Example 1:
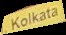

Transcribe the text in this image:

Kolkata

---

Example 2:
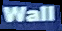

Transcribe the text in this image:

Wall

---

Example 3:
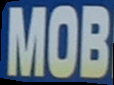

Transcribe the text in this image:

MOB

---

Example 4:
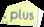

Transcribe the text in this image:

plus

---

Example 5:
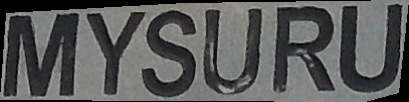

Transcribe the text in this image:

MYSURU